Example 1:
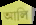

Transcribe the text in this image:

আলি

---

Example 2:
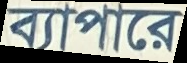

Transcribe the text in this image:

ব্যাপার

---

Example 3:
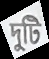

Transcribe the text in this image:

দুটি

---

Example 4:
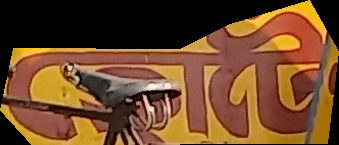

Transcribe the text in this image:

হোটে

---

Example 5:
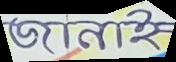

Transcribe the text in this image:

জানাই